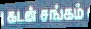
கடன் சங்கம்